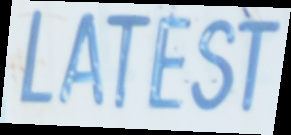
LATEST